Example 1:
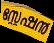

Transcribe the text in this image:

സ്റ്റേഷൻ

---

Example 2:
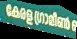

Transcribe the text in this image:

കേരളഗ്രാമീൺമ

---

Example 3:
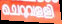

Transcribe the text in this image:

ചെറുവളളി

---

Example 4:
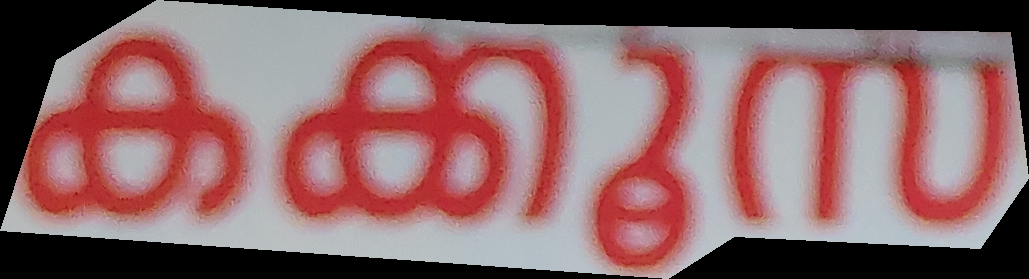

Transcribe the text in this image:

കക്കൂസ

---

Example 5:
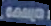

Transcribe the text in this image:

ക്ഷേത്ര